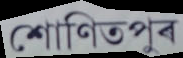
শোণিতপুৰ